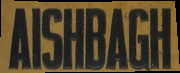
AISHBAGH